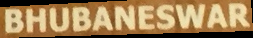
BHUBANESWAR